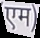
एम)